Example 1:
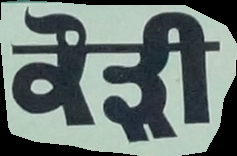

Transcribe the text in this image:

ਕੌੜੀ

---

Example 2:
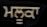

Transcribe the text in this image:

ਮਲੂਕਾ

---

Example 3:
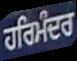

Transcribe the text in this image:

ਹਰਿਮੰਦਰ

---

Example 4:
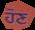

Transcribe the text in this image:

ਹੋਣ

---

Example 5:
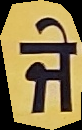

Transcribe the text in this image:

ਜੇ